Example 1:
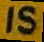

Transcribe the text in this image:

IS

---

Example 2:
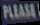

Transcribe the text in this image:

PLEASE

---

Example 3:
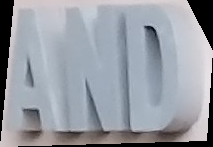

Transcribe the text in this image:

AND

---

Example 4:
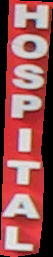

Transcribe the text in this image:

HOSPITAL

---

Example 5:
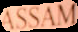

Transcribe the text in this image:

ASSAM